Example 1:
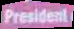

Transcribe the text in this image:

President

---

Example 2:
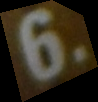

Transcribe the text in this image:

6.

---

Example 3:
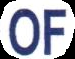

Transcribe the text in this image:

OF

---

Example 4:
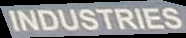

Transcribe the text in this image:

INDUSTRIES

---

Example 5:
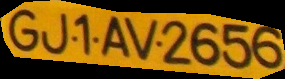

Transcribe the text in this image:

GJ.1.AV.2656